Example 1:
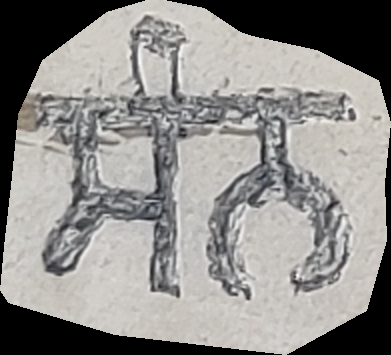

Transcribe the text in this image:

ਸੰਨ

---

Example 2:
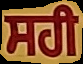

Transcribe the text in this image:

ਸਹੀ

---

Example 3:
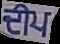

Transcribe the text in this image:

ਦੀਪ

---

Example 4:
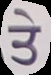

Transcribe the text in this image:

ਤੇ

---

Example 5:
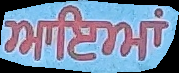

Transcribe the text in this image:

ਆਇਆਂ